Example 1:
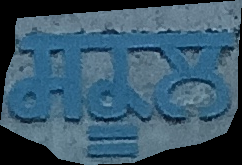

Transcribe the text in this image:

ਸਕੂਲ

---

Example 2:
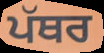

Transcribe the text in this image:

ਪੱਥਰ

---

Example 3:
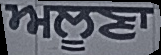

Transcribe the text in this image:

ਅਲੂਣ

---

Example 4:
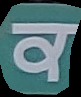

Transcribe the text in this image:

ਕ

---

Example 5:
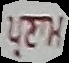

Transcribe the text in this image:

ਪ੍ਰਣਾਮ